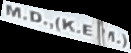
M.D., (Κ.Ε.M.)